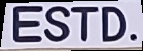
ESTD.